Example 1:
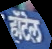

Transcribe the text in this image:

हॉटेल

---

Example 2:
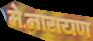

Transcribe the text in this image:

मे.नारायण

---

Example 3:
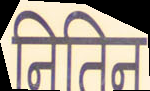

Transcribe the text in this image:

नितिन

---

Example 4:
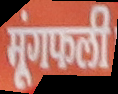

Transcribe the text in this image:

मूंगफली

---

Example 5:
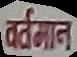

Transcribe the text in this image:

वर्तमान